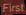
First